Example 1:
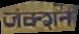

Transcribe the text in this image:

जंक्शन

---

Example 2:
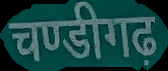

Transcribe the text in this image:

चण्‍डीगढ़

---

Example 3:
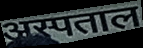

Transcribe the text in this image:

अस्पताल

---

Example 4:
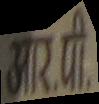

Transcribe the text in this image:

आर.पी.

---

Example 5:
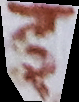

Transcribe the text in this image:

इ